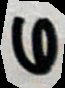
७